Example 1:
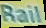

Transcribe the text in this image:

Rail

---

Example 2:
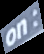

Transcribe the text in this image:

on:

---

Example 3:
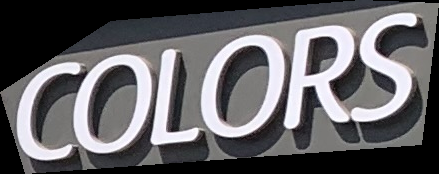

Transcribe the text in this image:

COLORS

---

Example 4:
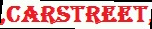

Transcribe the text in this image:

CARSTREET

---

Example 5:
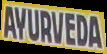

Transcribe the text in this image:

AYURVEDA